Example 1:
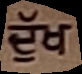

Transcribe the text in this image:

ਦੁੱਖ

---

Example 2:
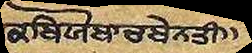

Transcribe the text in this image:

ਕਬਿਯੋਬਾਰਬੇਨਤੀ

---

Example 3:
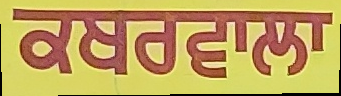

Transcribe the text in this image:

ਕਥਰਵਾਲਾ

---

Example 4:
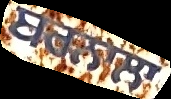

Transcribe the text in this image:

ਬਰਨਾਲਾ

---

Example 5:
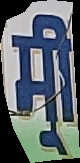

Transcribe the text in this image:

ਸूੀ